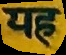
यह